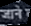
जाने